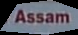
Assam